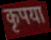
कृपया